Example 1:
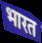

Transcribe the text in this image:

भारत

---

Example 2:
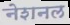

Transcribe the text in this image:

नेशनल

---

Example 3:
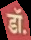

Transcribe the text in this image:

डॉ.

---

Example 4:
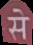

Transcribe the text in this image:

से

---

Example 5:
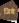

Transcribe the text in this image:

जिये